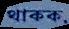
থাকক